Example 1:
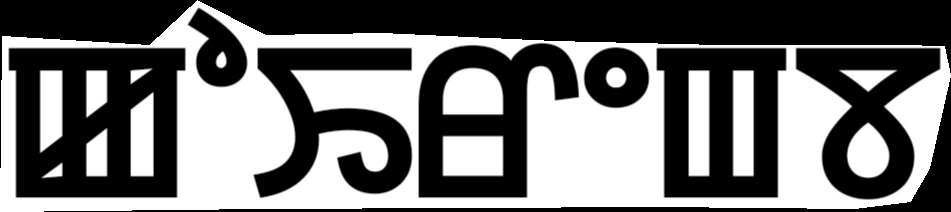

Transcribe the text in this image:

ꯀꯣꯢꯔꯦꯡꯕ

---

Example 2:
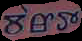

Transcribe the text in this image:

ꯕꯥꯔꯇ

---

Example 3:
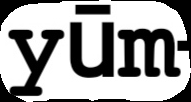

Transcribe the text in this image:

yūm-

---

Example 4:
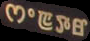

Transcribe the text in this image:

ꯁꯦꯟꯇꯔ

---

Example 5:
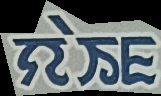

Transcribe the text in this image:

ꯌꯥꯏꯐ